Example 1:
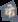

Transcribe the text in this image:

के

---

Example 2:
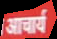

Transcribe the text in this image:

आचार्य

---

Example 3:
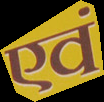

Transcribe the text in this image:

एवं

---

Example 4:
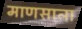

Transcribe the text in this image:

माणसाला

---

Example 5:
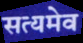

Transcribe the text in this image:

सत्यमेव